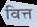
वित्त